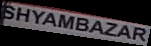
SHYAMBAZAR